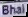
Bhal